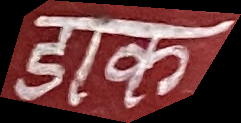
डाक